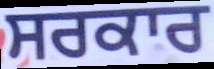
ਸਰਕਾਰ